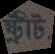
ষ্ট্রীট